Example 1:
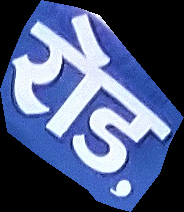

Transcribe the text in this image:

रोड,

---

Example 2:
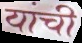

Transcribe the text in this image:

यांची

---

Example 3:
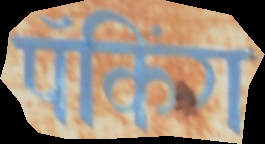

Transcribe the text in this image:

पँकिंग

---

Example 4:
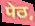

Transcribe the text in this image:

पेठ,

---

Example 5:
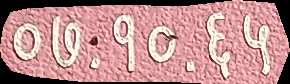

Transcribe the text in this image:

०७.१०.६५